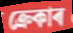
ক্ৰেকৰ